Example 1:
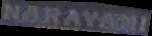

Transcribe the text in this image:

NARAYANI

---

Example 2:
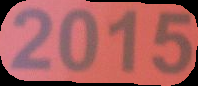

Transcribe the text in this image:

2015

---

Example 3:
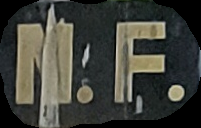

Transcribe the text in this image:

N.F.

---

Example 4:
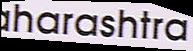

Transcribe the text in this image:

harashtra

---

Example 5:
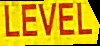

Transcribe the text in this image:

LEVEL